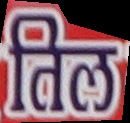
तिल